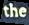
the